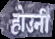
होउनी